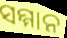
ସମ୍ମାନ